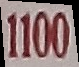
1100